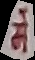
में